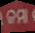
ଜମା